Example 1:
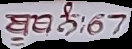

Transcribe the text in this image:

ਬੂਥ.ਨੰ:67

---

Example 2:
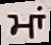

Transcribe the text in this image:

ਮਾਂ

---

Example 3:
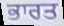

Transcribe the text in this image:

ਭਾਰਤ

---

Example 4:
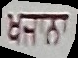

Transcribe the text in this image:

ਖਜਾਨਾ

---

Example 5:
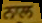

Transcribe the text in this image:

ਨਾਲ